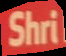
Shri